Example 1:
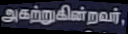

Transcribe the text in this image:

அகற்றுகின்றவர்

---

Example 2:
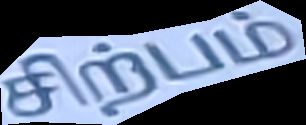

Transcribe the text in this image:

சிற்பம்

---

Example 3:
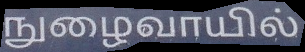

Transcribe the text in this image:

நுழைவாயில்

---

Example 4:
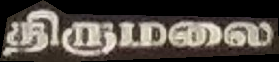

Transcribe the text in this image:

தி௫மலை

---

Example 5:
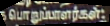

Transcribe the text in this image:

பொறுப்பாளர்கள்: